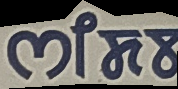
ꯁꯤꯗꯕ